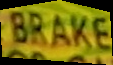
BRAKE